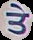
ਤੇ